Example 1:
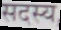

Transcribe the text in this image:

सदस्य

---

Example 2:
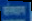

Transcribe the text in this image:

संस्थान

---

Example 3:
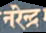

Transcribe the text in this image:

नरेन्द्र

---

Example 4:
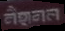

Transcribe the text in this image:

नैशनल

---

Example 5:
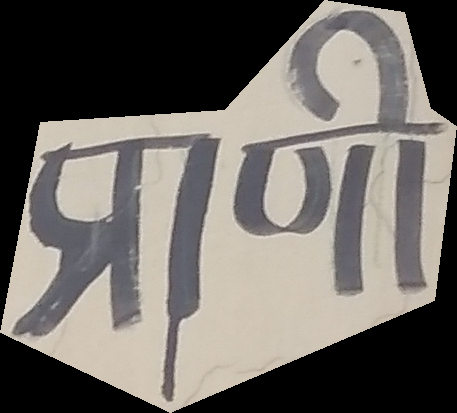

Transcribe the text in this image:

प्राणी